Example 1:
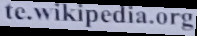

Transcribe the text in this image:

te.wikipedia.org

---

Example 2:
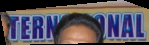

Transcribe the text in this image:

TERNAL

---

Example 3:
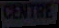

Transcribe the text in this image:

CENTRE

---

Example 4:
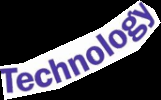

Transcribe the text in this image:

Technology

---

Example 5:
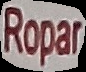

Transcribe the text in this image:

Ropar